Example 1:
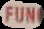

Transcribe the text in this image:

FUN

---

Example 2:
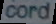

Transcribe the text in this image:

cord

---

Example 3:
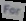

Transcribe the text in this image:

For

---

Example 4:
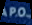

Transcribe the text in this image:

AP.O_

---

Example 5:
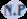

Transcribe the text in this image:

N.P